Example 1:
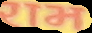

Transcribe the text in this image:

રામ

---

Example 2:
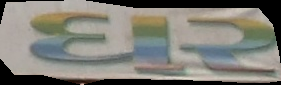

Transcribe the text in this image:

ઘર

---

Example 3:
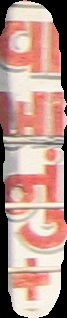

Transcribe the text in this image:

વાખાનું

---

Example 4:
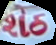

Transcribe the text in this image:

શેઠ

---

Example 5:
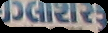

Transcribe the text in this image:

ઇગ્લાશરફ